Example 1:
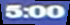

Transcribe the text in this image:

5:00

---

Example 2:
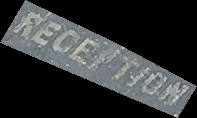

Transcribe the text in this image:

RECEPTION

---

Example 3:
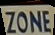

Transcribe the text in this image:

ZONE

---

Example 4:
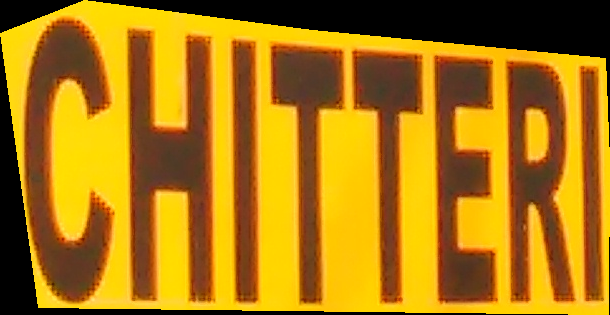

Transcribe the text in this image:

CHITTERI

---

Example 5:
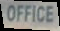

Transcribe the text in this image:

OFFICE